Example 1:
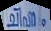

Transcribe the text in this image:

ചിഹ്നം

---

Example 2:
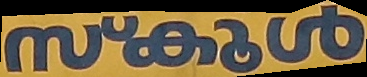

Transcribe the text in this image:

സ്കൂൾ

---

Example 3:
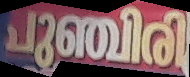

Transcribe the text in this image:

പുഞ്ചിരി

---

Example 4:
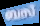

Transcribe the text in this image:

ബസ്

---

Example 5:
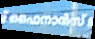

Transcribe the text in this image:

ഫൈനാൻസ്